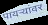
पायऱ्यांवर